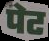
पेट